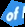
of